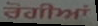
ਰੋਗੀਆਂ